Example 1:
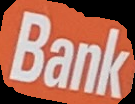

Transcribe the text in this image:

Bank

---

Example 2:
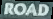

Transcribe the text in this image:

ROAD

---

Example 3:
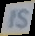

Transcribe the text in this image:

IS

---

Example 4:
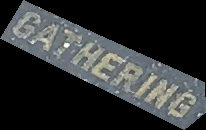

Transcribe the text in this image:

GATHERING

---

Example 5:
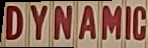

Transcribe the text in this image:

DYNAMIC